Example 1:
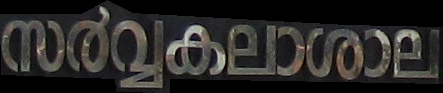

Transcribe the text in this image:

സർ‌വ്വകലാശാല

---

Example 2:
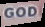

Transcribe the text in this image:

ഠേ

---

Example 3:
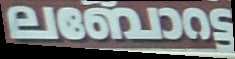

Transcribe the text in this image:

ലബോറട്ട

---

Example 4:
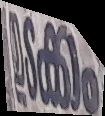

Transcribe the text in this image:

ടക്കം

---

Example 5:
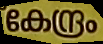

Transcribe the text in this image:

കേന്ദ്രം